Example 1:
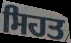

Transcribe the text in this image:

ਸਿਹਤ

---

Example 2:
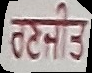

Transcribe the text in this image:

ਰਣਜੀਤ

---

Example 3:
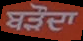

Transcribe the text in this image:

ਬੜੌਦਾ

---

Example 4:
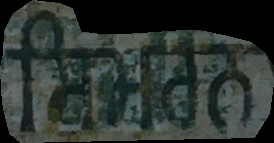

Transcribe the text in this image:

ਸਿਮਰਨ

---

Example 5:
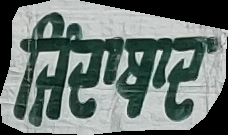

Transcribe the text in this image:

ਜਿੰਦਾਬਾਦ